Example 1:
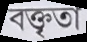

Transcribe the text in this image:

বক্তৃত৷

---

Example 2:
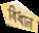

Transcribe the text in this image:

বিধান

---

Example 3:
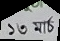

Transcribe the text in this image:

১৩মার্চ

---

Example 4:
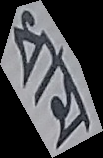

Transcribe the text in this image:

ধাম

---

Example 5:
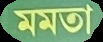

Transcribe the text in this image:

মমতা